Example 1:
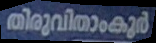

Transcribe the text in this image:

തിരുവിതാംകൂർ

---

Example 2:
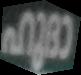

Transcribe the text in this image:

ഹുദാ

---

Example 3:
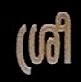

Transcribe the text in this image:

ശ്രീ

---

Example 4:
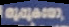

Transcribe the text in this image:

തുപ്പുകയോ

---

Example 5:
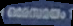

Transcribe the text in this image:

ഒരേസമയം